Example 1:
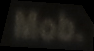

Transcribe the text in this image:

Mob.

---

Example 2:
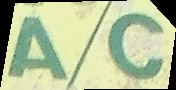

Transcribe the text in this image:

A/C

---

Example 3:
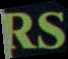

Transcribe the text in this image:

RS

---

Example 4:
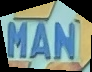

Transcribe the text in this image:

MAN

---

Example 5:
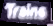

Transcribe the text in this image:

Trains